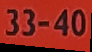
33-40